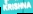
KRISHNA